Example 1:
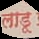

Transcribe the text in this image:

लाडू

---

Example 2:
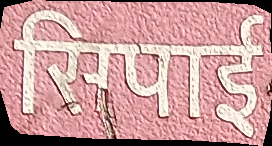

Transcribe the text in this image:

सिपाई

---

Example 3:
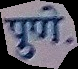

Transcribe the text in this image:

पुणे.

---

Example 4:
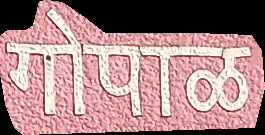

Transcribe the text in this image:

गोपाळ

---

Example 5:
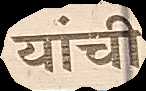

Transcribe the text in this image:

यांची